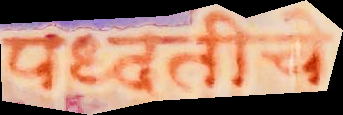
पध्दतीचे